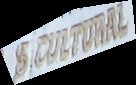
S CULTURAL